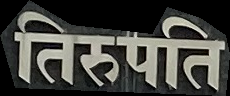
तिरुपति